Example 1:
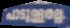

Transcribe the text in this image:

പാടുള്ളതല്ല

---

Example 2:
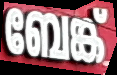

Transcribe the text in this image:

ബേങ്ക്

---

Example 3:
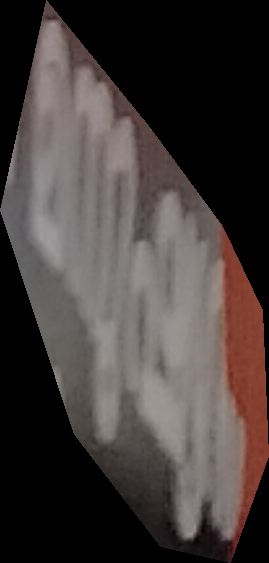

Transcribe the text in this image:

മനുഷ്യം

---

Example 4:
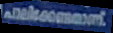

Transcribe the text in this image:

പാലിക്കേണ്ടതാണ്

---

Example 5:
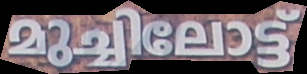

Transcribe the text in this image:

മുച്ചിലോട്ട്